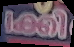
ക്കി